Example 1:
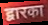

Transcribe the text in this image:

द्वारका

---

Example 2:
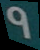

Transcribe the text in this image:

१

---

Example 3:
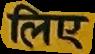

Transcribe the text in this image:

लिए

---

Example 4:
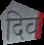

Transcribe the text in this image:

दिव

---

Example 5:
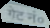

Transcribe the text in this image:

गेट नं.